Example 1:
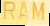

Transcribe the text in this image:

RAM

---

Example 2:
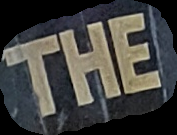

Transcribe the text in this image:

THE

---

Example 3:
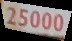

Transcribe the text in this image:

25000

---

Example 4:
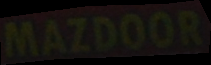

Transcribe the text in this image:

MAZDOOR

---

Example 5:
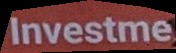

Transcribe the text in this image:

Investme